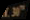
30th